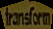
transform